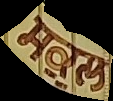
ਸਕੁਲ